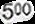
500